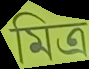
মিত্র